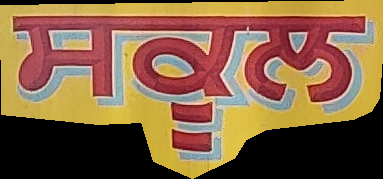
ਸਕੂਲ